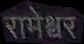
रामेश्वर